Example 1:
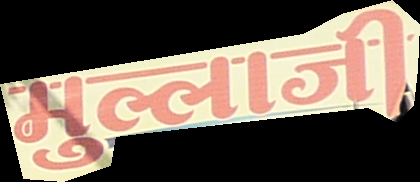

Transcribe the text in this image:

मुल्लाजी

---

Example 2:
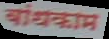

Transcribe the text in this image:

बांधकाम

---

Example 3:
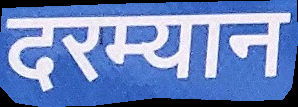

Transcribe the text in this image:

दरम्यान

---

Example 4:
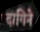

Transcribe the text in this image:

दागिने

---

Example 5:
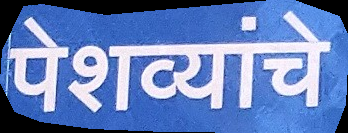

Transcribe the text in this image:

पेशव्यांचे